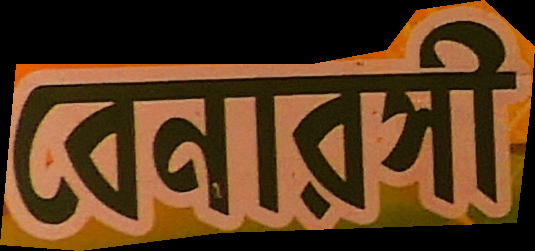
বেনারসী